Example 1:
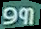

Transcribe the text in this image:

୨୩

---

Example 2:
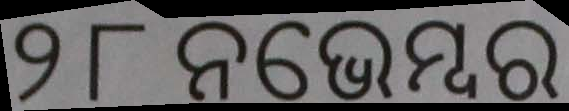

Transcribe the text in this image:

୨୮ ନଭେମ୍ବର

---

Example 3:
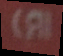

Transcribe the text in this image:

(ମା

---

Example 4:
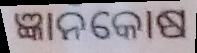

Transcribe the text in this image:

ଜ୍ଞାନକୋଷ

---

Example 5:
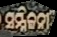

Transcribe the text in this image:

ସମ୍ମିଳନୀ